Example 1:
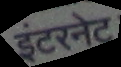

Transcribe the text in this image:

इंटरनेट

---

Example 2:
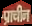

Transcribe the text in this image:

प्राचीन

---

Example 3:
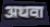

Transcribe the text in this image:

अथवा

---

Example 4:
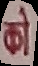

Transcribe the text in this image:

काे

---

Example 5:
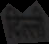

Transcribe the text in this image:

दिल्ली